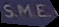
S.M.E.